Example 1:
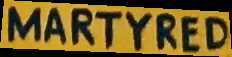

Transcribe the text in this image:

MARTYRED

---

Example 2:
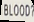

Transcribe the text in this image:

BLOOD?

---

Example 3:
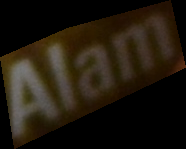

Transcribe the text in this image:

Alam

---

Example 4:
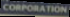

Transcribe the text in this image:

CORPORATION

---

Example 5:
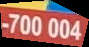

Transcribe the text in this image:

-700004